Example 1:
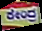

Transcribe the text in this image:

ಕೇಂದ್ರ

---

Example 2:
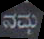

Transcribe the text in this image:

ನಮ್ಮ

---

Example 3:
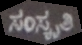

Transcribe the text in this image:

ಸಂಸ್ಕೃತಿ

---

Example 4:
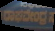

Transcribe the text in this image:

ರಾಘವೇಂದ್ರ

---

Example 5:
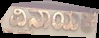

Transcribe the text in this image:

ಏನಾಯಕ